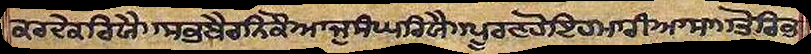
ਕਰਦੇਕਰਿਯੈ॥ਸਭਬੈਰਨਿਕੌਆਜੁਸੰਘਰਿਯੈ॥ਪੂਰਣਹੋਇਹਮਾਰੀਆਸਾ॥ਤੋਰਿਭ